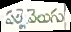
పల్లె వెలుగు